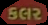
કલર